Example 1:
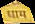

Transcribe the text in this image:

धाम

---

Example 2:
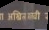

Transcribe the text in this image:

अखिल मानवी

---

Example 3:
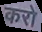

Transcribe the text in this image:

करो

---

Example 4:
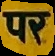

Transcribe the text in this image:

पर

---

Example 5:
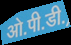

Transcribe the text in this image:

ओ॰पी॰डी॰